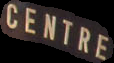
CENTRE